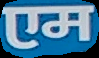
एम